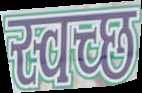
स्वच्छ